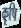
कृषि